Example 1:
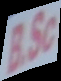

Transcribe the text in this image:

B.Sc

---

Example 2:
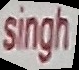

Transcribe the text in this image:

singh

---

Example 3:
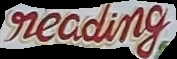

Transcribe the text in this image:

reading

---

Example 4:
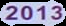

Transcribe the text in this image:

2013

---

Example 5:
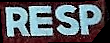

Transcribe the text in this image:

RESP